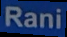
Rani